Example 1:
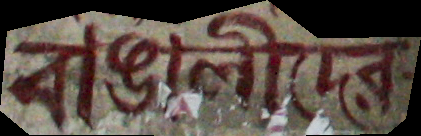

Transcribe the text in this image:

বাঙালীদের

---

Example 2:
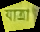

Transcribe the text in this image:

যাত্রা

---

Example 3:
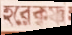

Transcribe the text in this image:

হরে কৃষ্ণ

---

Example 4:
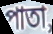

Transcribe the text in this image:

পাতা,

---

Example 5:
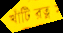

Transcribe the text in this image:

খাঁটি রত্ন